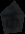
के